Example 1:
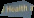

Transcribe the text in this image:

Health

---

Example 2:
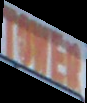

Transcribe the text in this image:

TOWER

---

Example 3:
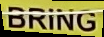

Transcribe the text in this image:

BRING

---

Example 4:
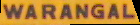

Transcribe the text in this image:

WARANGAL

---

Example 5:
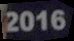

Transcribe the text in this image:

2016